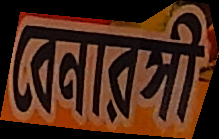
বেনারন্সী